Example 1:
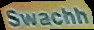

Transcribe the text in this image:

Swachh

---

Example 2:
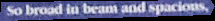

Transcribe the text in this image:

Sobroadinbeamandspacions,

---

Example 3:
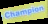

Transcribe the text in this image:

Champion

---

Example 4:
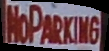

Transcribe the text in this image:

NOPARKING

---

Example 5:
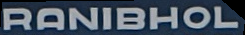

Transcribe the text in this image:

RANIBHOL